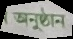
অনুষ্ঠান